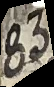
83